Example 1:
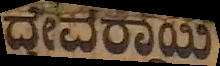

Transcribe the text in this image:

ದೇವರಾಯ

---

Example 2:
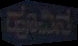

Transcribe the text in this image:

ಹೂವಿನ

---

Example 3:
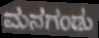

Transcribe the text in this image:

ಮನಗಂಡು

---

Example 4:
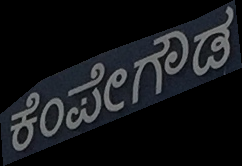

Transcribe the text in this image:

ಕೆಂಪೇಗೌಡ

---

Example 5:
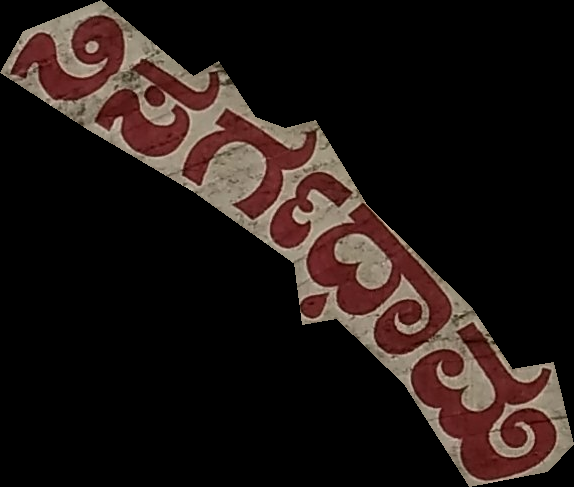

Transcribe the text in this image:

ವಿಸಗಳಭಾಮ